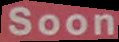
Soon